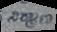
నిర్మణ